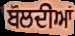
ਬੁਲਦੀਆं